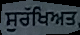
ਸੁਰੱਖਿਅਤ